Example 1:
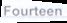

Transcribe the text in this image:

Fourteen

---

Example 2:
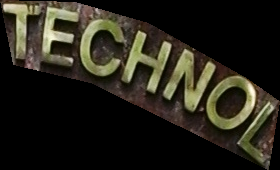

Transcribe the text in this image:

TECHNOL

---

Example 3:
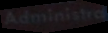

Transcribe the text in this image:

Administra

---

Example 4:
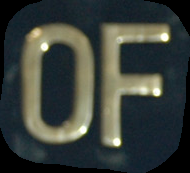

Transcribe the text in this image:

OF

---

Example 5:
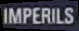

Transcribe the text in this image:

IMPERILS